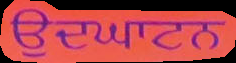
ਉਦਘਾਟਨ